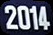
2014